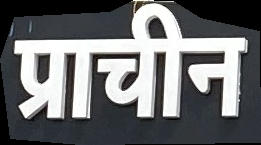
प्राचीन